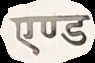
एण्ड